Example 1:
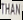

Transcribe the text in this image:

THAN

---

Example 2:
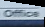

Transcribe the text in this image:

Office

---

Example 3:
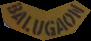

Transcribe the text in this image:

BALUGAON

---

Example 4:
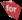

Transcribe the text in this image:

for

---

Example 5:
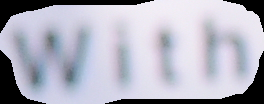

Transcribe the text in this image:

With